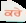
ਕਰੇ